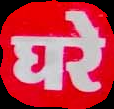
घरे